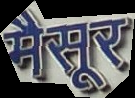
मैसूर